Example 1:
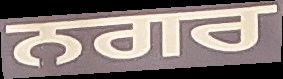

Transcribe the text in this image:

ਨਗਰ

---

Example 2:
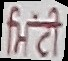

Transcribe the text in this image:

ਮਿਂਟੀ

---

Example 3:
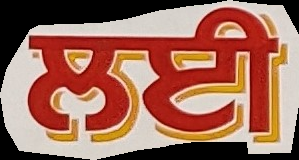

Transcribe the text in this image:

ਲਈ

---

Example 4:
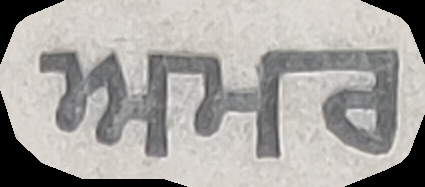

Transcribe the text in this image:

ਅਮਰ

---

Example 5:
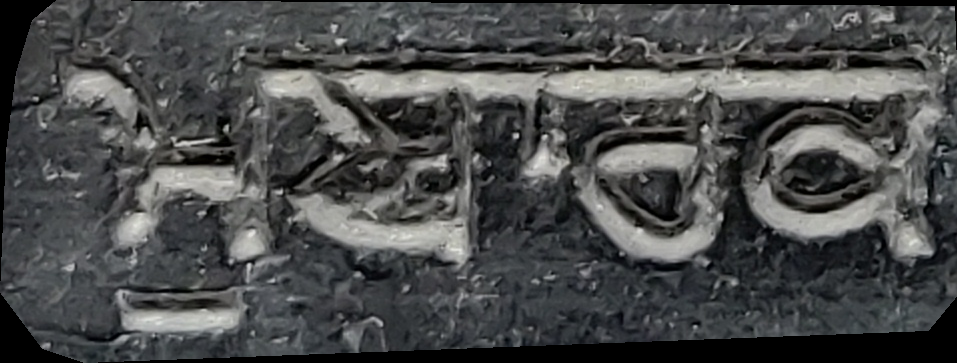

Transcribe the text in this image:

ਮੁਬਾਰਕ